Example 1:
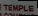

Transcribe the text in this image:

TEMPLE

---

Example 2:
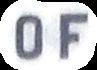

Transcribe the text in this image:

OF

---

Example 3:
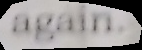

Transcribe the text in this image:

again.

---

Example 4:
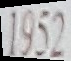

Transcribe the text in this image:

1952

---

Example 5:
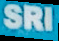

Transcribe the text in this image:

SRI